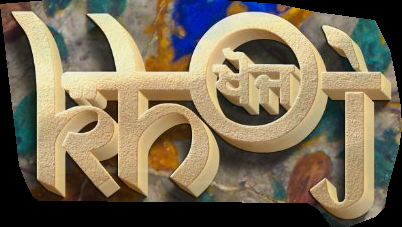
khoj